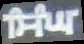
ਸਿੰਘ